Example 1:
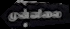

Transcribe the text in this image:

முன்னிலை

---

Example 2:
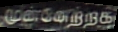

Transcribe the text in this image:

முன்னேற்றக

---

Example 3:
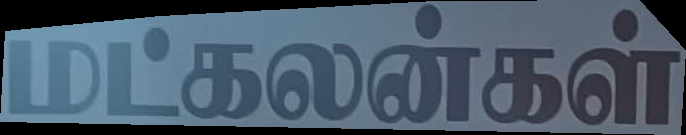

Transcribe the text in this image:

மட்கலன்கள்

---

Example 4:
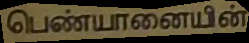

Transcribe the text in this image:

பெண்யானையின்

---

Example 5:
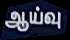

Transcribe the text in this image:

ஆய்வு